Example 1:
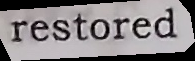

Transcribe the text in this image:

restored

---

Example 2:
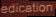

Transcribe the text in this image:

edication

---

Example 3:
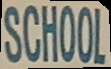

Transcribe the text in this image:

SCHOOL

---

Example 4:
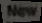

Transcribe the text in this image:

New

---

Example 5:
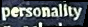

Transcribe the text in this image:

personality